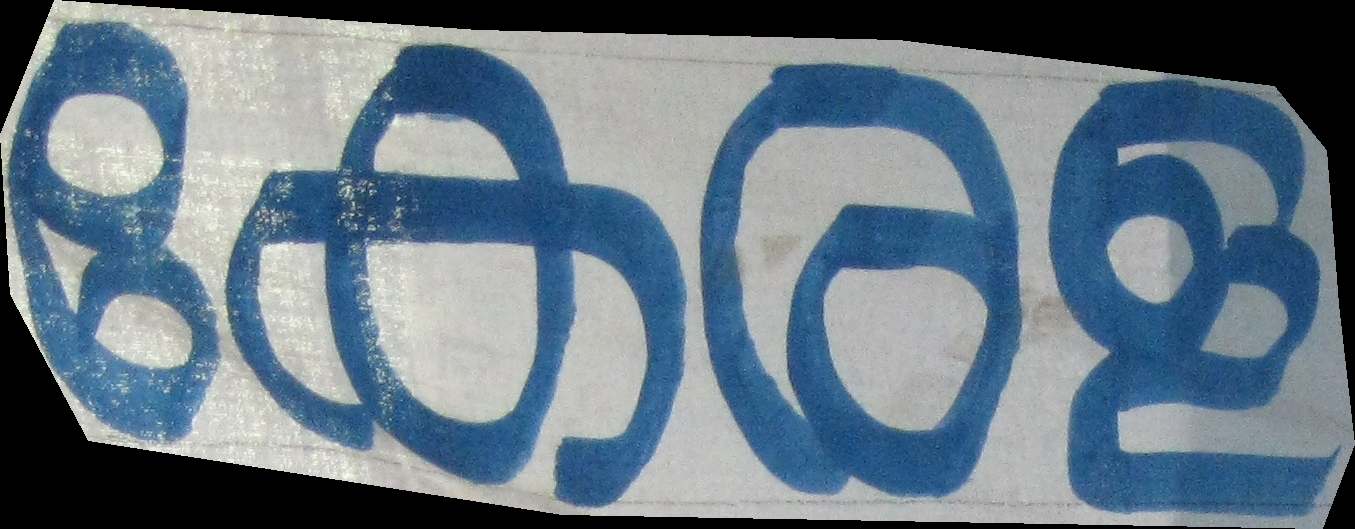
കേരള